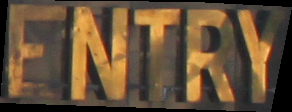
ENTRY